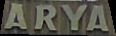
ARYA